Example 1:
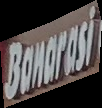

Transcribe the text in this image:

Banarasi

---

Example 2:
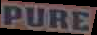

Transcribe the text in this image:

PURE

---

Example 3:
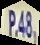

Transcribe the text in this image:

P.48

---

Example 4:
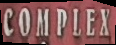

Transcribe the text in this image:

COMPLEX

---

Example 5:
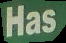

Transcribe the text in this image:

Has